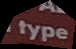
type